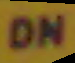
DN